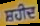
ਸ਼ਹੀਦ